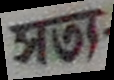
সত্য